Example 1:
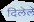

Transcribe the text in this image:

दिलेले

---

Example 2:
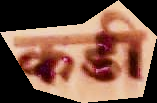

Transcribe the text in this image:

कडी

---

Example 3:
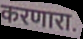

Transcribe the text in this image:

करणारा.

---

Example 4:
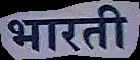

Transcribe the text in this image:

भारती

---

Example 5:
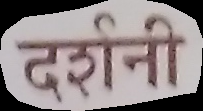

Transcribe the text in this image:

दर्शनी